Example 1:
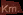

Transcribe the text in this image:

Km.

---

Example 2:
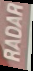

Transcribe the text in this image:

RADAR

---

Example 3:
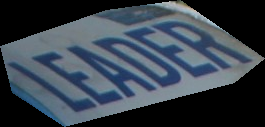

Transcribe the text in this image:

LEADER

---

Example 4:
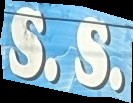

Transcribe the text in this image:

S.S.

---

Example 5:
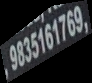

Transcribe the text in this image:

9835161769,